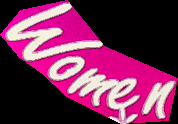
Women